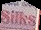
Silks